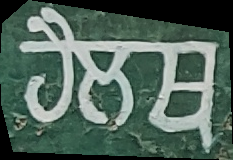
ਹੈਲਥ